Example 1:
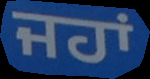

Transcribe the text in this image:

ਜਹਾ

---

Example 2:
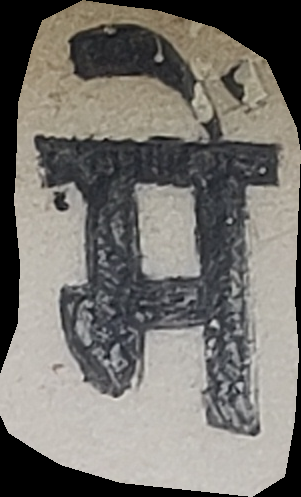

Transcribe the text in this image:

ਸੇਂ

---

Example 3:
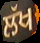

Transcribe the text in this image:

ਲੱਖ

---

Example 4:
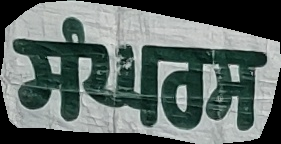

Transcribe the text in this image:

ਸੰਘਰਸ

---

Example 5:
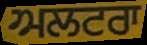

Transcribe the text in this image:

ਅਲਟਰਾ